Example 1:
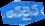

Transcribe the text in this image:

ఆసలైన్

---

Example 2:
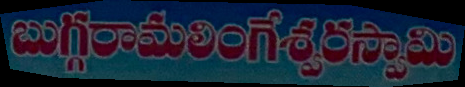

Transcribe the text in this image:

బుగ్గరామలింగేశ్వరస్వామి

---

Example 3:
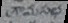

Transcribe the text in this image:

గ్రామసభ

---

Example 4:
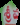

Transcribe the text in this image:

శ్రీ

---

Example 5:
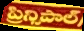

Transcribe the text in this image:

ప్రిన్సిపాల్